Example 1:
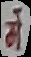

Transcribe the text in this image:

में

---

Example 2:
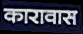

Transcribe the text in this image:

कारावास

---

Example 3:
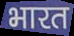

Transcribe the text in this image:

भारत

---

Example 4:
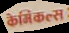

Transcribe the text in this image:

केमिकल्स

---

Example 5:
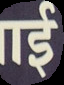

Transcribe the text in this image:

ई